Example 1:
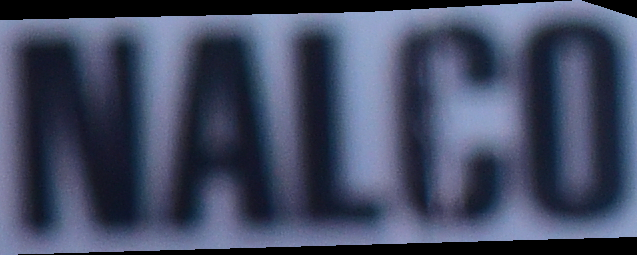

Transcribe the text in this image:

NALCO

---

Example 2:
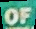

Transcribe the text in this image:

OF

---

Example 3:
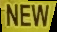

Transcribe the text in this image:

NEW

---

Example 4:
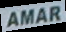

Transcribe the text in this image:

AMAR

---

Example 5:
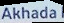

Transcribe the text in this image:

Akhada